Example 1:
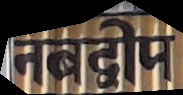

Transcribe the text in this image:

नबद्वीप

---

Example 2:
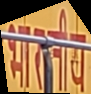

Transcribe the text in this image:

भारतीय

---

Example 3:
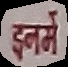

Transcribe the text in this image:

इनमें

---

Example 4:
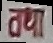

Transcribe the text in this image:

तथा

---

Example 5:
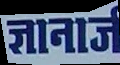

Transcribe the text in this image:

ज्ञानार्ज